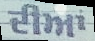
ਦੀਆਂ